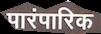
पारंपारिक